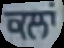
ਕਲਾਂ